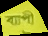
ব্যাপী